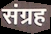
संग्रह